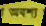
অবশ্য